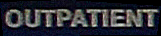
OUTPATIENT